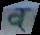
व्